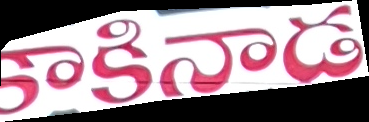
కాకనాడ